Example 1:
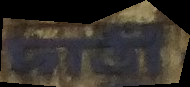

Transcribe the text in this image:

দাতী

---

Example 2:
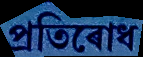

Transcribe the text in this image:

প্রতিৰোধ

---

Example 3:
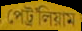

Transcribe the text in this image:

পেট্ৰলিয়াম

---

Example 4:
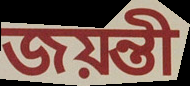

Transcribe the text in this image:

জয়ন্তী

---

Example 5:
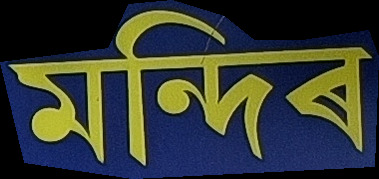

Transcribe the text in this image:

মন্দিৰ